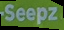
Seepz